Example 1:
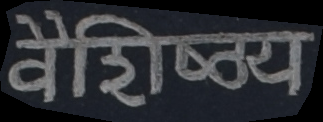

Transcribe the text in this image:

वैशिष्ठय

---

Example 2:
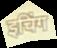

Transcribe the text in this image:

इचिंग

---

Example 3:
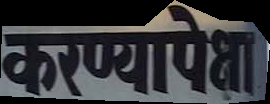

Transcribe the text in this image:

करण्यापेक्षा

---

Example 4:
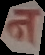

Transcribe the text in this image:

न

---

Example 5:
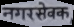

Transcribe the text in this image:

नगरसेवक